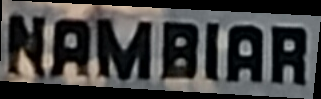
NAMBIAR